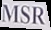
MSR